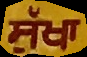
ਸੁੱਖਾ